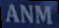
ANM